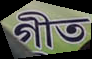
গীত